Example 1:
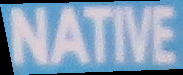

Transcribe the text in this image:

NATIVE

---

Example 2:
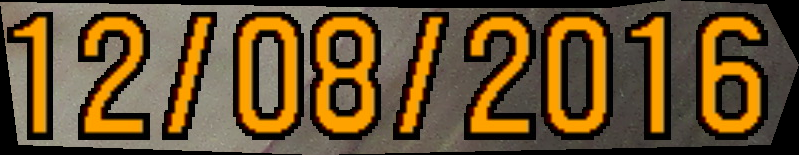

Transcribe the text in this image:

12/08/2016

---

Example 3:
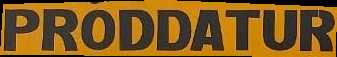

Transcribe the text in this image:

PRODDATUR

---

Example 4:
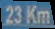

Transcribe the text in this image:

23Km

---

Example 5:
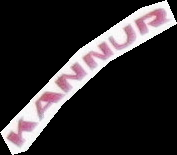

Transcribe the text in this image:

KANNUR